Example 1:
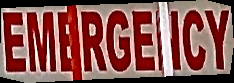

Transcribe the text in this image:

EMERGENCY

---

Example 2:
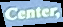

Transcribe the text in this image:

Center,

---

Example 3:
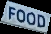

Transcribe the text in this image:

FOOD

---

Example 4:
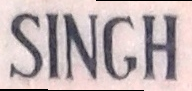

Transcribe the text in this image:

SINGH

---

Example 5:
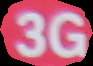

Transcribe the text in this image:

3G